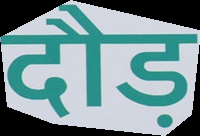
दौड़